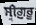
ਸ੍ਰੀਗੁਰੂ